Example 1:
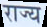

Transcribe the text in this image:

राज्य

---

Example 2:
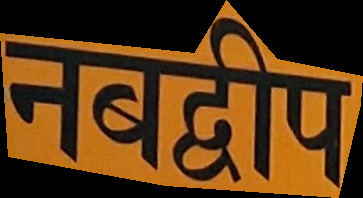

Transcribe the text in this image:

नबद्वीप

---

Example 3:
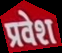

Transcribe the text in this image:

प्रवेश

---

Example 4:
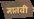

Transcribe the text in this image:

मानवी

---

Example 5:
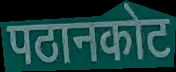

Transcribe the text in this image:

पठानकोट